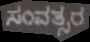
ಸಂವತ್ಸರ